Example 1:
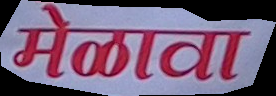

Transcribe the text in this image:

मेळावा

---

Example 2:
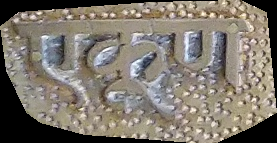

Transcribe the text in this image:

एकूण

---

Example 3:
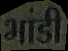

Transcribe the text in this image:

भांडी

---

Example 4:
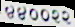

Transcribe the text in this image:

४४००२२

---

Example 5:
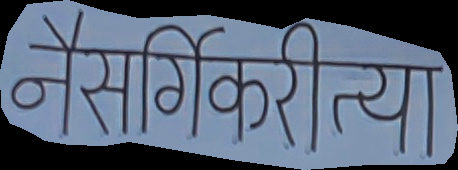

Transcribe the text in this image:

नैसर्गिकरीत्या